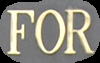
FOR